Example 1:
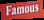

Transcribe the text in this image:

Famous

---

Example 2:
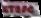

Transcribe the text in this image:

KTDFC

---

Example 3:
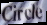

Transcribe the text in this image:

Circle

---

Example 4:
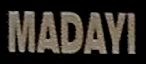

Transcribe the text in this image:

MADAYI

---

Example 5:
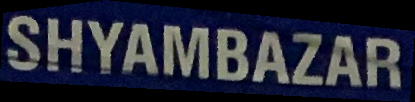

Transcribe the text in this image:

SHYAMBAZAR